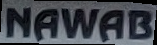
NAWAB